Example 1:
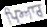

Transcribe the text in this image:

ਪਿਆਰ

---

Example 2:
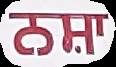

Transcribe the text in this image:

ਨਸ਼ਾ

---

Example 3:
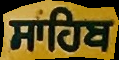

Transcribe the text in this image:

ਸਾਹਿਬ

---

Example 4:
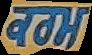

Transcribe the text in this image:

ਕਰਮ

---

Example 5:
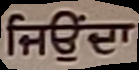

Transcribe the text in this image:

ਜਿਉਂਦਾ